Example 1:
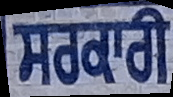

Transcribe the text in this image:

ਸਰਕਾਰੀ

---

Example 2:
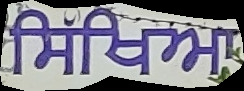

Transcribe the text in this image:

ਸਿੱਖਿਆ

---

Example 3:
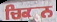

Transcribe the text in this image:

ਚਿਕਨ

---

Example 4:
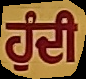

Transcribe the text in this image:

ਹੁੰਦੀ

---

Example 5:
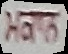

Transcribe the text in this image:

ਮਕਾਨ